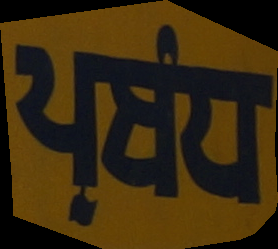
ਪੁਬੰਧ